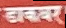
डाकघर